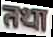
तथा